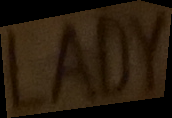
LADY